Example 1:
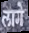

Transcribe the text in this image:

लागे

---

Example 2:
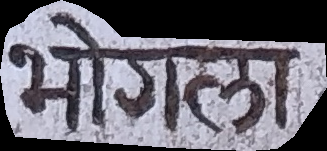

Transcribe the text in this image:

भोगला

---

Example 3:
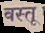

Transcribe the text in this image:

वस्तू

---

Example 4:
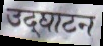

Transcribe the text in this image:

उद्घाटन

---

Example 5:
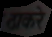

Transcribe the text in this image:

ठाकरे